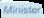
Minister